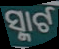
ସ୍ମାର୍ଟ